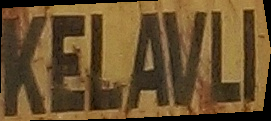
180470